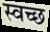
स्वच्छ